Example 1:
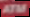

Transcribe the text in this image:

ATM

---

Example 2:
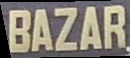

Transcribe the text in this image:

BAZAR,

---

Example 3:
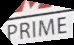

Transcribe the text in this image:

PRIME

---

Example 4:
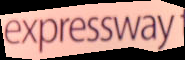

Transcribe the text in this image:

expressway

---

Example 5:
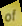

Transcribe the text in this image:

of